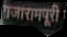
गजारामपूरी